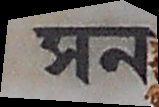
সন